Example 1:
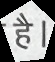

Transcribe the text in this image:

है।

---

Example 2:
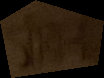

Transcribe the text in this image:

जीवन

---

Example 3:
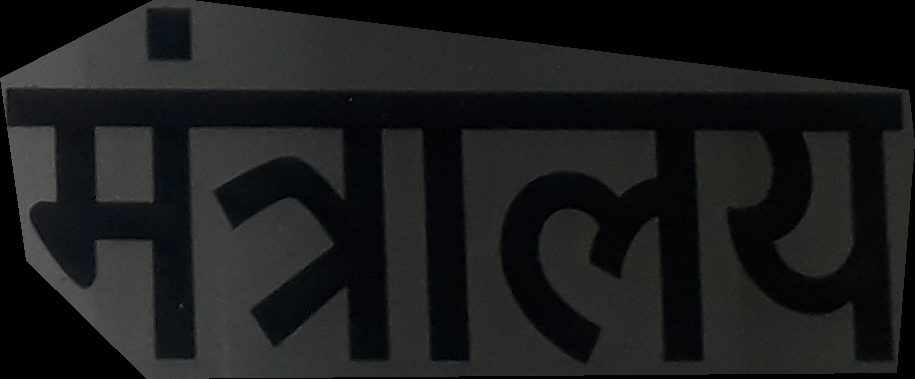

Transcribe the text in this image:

मंत्रालय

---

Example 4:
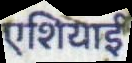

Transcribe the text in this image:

एशियाई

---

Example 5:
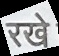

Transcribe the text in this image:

रखे